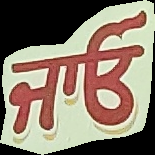
ਜਾਓ